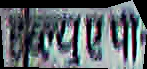
डब्ल्यु ए पी